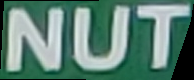
NUT